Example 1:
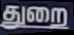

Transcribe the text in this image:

துறை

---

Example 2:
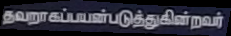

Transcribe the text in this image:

தவறாகப் பயன்படுத்துகின்ற வர்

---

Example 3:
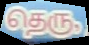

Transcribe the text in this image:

தெ௫,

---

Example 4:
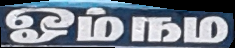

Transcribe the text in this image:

ஓம்நம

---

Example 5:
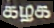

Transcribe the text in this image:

கழக